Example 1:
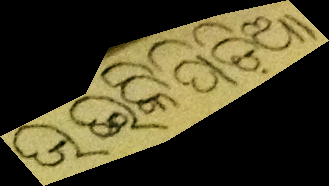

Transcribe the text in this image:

ଉଇକିପିଡ଼ିଆ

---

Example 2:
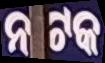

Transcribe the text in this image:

ନାଟକ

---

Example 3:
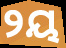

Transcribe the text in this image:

୨ୟ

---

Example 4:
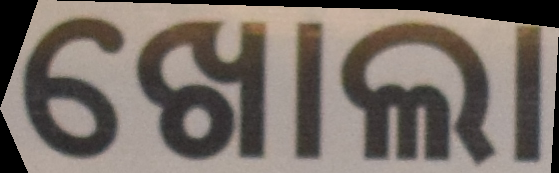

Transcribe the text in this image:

ଖୋଲା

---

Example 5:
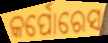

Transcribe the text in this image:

କର୍ପୋରେସ